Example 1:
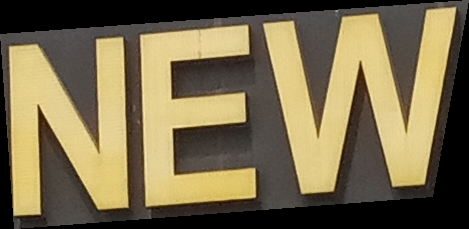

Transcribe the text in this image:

NEW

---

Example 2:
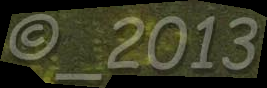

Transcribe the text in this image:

©_2013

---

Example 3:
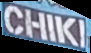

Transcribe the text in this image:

CHIKI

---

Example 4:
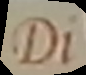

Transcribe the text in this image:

Di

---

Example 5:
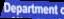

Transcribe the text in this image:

Department